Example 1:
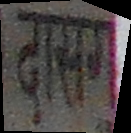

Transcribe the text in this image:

दासग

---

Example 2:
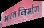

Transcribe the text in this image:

भारत निर्माण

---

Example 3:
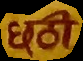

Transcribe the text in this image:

छ्ठी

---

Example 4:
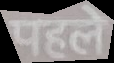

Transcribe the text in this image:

पहले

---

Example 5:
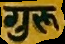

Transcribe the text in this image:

गुरू